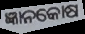
ଜ୍ଞାନକୋଷ